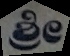
ಶ್ರೀ